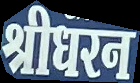
श्रीधरन